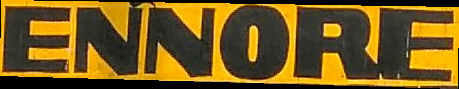
ENNORE